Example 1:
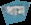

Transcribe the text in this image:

ধ্যম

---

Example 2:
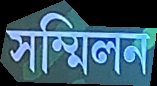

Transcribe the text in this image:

সম্মিলন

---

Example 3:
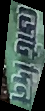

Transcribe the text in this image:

ভোট দিন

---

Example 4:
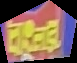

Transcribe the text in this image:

বাংলার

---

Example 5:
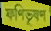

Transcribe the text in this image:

ফণিভূষণ